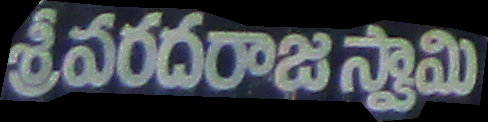
శ్రీవరదరాజ స్వామి